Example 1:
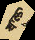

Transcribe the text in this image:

ਬਾਲਾ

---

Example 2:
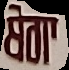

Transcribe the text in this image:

ਬੇਗਾ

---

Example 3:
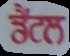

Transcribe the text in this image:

ਡੈਂਟਲ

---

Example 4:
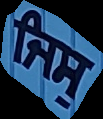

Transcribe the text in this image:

ਜਿਸੁ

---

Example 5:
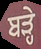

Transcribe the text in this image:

ਬੜ੍ਹੇ